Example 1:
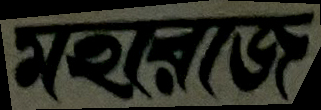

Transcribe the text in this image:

মহরেজে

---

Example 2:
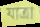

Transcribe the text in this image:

যাত্রা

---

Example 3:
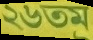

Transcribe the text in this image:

২৬তম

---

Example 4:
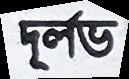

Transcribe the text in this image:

দূর্লভ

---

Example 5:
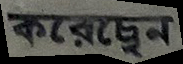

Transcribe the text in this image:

করেছেন